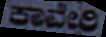
ಕಾವೇರಿ